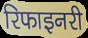
रिफाइनरी